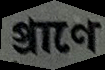
আণে